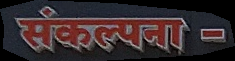
संकल्पना -